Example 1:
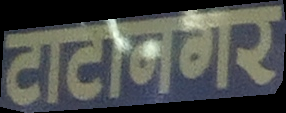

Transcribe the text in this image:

टाटानगर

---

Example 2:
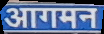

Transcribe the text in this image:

आगमन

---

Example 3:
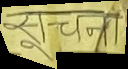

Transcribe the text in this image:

सूचना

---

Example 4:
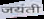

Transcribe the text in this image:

जयंती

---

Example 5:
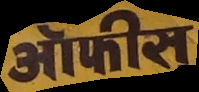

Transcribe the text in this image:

ऑफीस